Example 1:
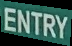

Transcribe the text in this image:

ENTRY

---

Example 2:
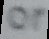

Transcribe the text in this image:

or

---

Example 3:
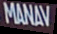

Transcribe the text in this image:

MANAV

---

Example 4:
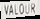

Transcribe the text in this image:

VALOUR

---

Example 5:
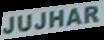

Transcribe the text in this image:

JUJHAR